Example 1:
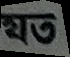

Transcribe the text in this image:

যত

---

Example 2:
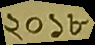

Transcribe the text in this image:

২০১৮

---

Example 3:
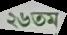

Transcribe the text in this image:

২৬তম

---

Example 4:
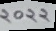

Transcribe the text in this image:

২০২২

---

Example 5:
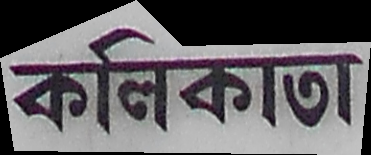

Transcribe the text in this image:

কলিকাতা